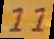
11